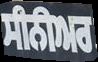
ਸੀਨੀਅਰ